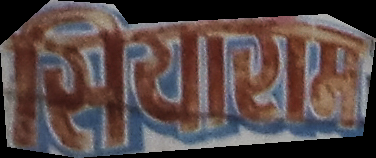
सियाराम